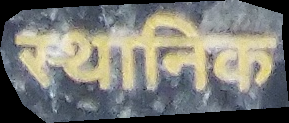
स्थानिक